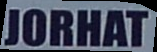
JORHAT